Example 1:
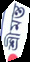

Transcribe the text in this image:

শ্রীমন্ত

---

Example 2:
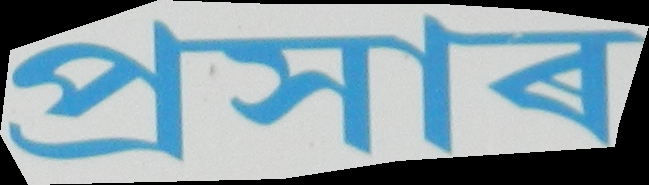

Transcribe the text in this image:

প্ৰসাৰ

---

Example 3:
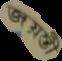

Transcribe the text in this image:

জয়ন্তী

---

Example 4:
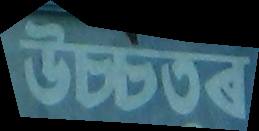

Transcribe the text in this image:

উচচতৰ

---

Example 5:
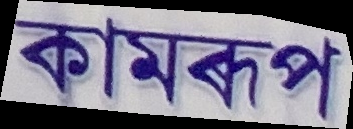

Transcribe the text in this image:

কামৰূপ